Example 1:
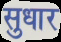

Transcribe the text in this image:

सुधार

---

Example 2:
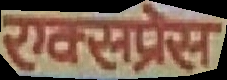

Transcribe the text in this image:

एक्सप्रेस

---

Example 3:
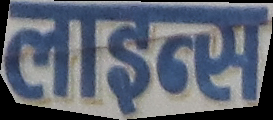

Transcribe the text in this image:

लाइन्स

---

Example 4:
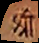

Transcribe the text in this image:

श्री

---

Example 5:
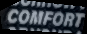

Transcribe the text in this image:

८०आ६००